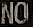
NO